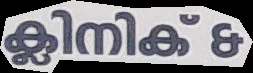
ക്ലിനിക് &